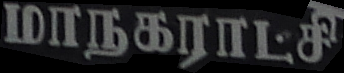
மாநகராட்சி